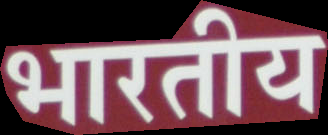
भारतीय